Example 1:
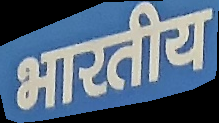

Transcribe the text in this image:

भारतीय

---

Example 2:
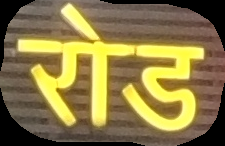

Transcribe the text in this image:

रोड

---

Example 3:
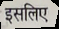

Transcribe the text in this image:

इसलिए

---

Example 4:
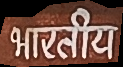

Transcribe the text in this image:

भारतीय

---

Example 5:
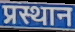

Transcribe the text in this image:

प्रस्‍थान